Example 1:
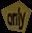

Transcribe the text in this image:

only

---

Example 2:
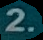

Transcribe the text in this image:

2.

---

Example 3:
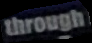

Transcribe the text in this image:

through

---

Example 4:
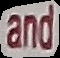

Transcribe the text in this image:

and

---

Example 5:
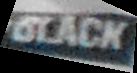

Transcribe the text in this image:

BLACK